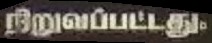
நிறுவப்பட்டது.